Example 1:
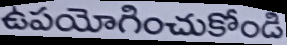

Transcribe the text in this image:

ఉపయోగించుకోండి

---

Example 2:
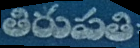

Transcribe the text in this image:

తిరుపతి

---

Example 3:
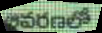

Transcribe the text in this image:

ఆవరణలో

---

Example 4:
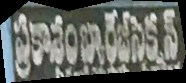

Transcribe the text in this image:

ప్రకాశం బ్యారేజీ సెక్షన్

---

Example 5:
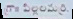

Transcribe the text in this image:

గా పిల్లలమర్రి.